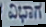
ವಿಭಾಗ